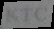
KTC